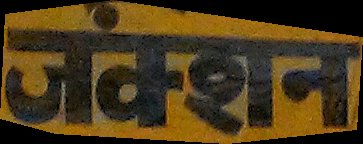
जंक्शन